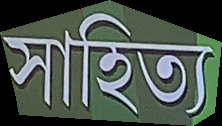
সাহিত্য